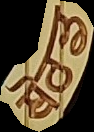
ਬੋਹਡ